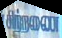
சிற்றணை